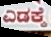
ಎಡಕ್ಕೆ